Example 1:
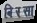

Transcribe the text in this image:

बिरसा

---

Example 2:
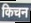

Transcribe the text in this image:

किचन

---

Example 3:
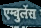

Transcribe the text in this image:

एम्बुलेंस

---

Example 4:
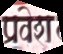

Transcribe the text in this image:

प्रवेश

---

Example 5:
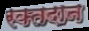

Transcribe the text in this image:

रक्तदान